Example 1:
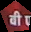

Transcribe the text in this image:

वी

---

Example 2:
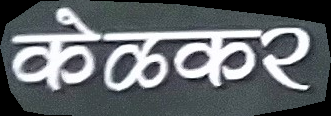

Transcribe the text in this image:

केळक२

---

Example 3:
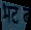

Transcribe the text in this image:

भट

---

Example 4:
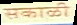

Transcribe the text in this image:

सकाळी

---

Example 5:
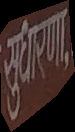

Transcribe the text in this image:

सुधारणा,